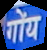
गोंय